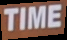
TIME